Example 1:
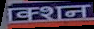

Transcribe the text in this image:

क्शन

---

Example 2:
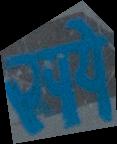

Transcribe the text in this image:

रूपये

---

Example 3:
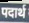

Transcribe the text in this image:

पदार्थ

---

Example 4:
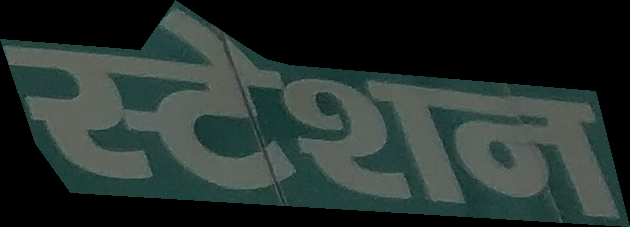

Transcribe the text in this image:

स्टेशन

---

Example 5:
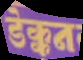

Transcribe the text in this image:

डेक्कन